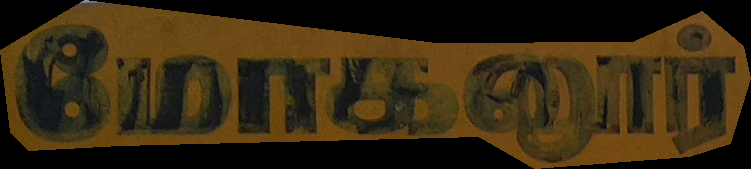
மோகனூர்